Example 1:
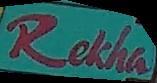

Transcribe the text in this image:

Rekha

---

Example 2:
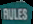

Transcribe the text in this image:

RULES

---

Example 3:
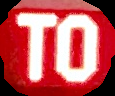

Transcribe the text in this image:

TO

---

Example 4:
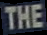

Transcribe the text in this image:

THE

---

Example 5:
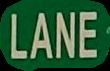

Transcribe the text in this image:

LANE